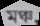
মঞ্চ